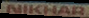
NIKHAR